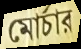
মোর্চার